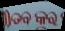
ତବ କର